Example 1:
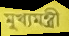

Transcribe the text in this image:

মুখ্যমন্ত্রী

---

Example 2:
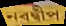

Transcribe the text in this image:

নবদ্বীপ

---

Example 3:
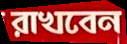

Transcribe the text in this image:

রাখবেন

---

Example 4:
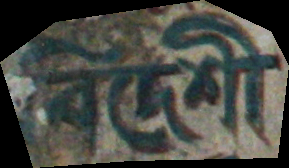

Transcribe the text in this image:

বিদেশী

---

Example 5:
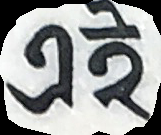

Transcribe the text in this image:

এই